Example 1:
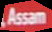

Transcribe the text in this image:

Assam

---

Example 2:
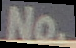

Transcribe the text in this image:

No.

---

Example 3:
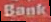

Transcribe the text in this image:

Bank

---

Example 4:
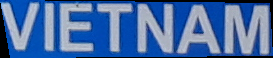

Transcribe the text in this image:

VIETNAM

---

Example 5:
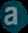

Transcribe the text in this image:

a